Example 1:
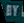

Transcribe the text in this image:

BY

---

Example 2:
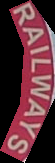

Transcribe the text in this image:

RAILWAYS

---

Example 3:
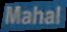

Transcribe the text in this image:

Mahal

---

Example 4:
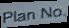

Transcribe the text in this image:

PlanNo.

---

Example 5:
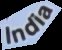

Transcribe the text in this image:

India